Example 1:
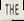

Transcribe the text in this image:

THE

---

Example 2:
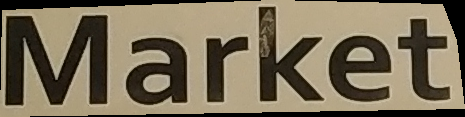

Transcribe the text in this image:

Market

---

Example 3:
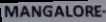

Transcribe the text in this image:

MANGALORE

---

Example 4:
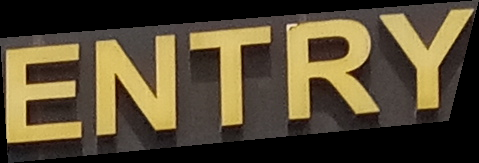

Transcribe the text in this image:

ENTRY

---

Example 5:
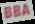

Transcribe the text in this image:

BBA